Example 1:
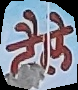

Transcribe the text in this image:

ਲੇ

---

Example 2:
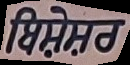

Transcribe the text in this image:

ਬਿਸ਼ੇਸ਼ਰ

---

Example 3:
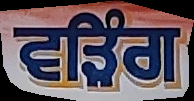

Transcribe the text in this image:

ਵੜਿੰਗ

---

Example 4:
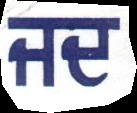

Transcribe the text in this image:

ਜਦ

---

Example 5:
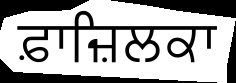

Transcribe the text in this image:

ਫ਼ਾਜ਼ਿਲਕਾ